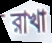
রাখা